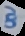
કે